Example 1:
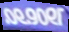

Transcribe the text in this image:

.୦୧.୨୦୧୮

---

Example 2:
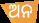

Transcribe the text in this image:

ଅନ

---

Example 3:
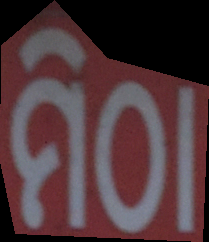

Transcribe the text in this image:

ମିଠା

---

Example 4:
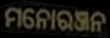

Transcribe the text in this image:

ମନୋରଞ୍ଜନ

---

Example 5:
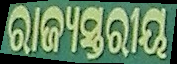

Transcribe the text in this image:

ରାଜ୍ୟସନ୍ଧୀୟ